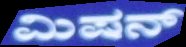
ಮಿಷನ್